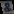
&